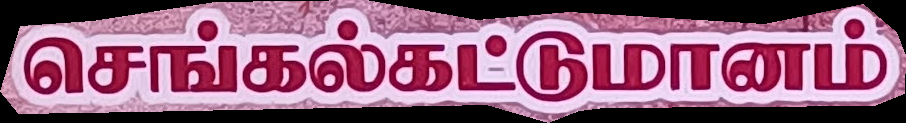
செங்கல்கட்டுமானம்